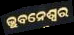
ଭୁବନେଶ୍ବର